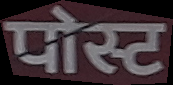
पोस्ट